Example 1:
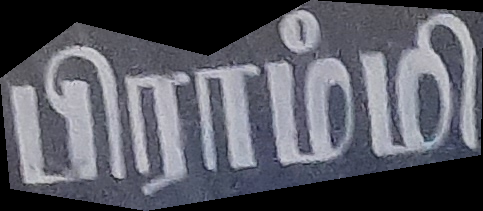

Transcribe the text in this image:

பிராம்மி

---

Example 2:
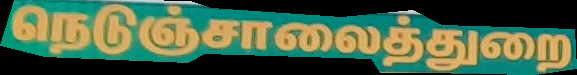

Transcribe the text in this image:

நெடுஞ்சாலைத்துறை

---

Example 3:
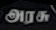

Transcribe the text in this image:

அரசு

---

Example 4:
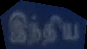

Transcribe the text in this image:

இந்திய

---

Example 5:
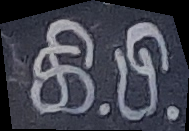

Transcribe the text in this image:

கி.பி.